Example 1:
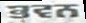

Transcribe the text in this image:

ਭਵਨ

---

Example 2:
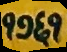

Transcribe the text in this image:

੧੭੬੧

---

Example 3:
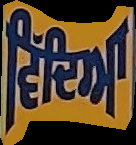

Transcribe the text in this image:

ਵਿੱਦਿਆ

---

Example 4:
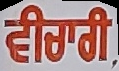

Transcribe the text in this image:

ਵੀਚਾਰੀ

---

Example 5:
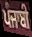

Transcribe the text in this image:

ਪੰਜਾਬੀ